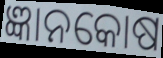
ଜ୍ଞାନକୋଷ